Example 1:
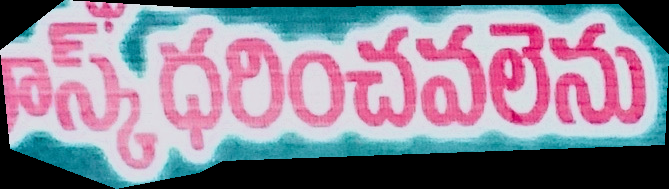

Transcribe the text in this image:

స్కధరించవలెను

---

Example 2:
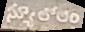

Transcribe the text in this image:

న్యూలోలం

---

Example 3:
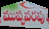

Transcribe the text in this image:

ముప్పవరపు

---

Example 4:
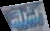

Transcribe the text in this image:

మెస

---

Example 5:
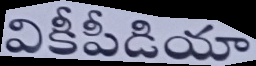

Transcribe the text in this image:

వికీపీడియా